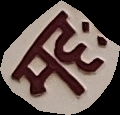
ਸਵਃ